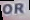
OR